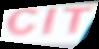
CIT